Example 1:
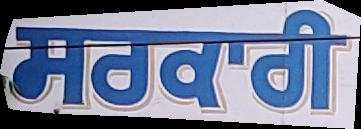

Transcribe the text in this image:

ਸਰਕਾਰੀ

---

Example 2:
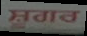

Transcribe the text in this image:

ਸ਼ੂਗਰ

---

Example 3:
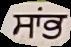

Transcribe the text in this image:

ਸਾਂਭ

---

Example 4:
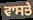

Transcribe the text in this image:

ਵਾਸਤੇ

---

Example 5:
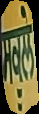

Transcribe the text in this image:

ਸਕੂਲੇ